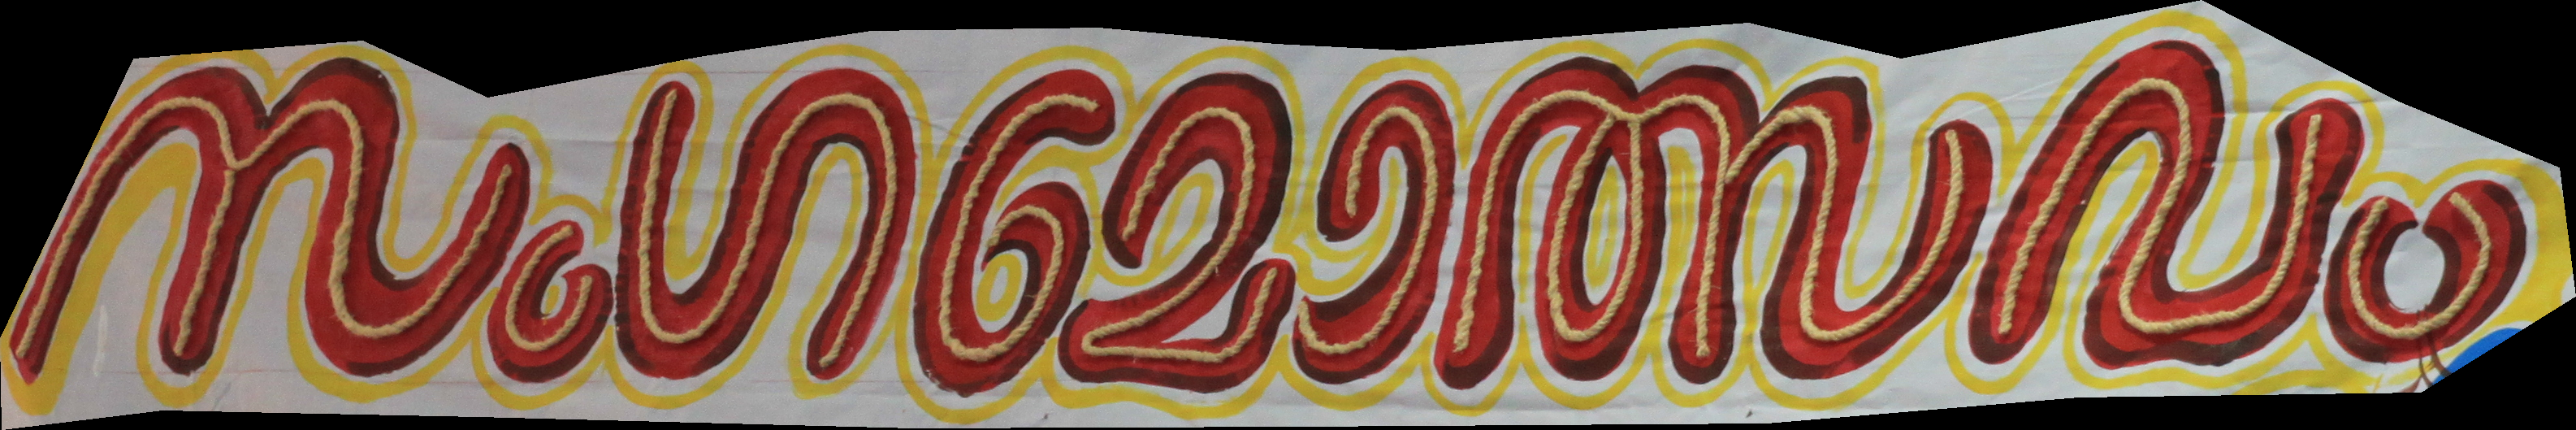
സംഗമോത്സവം